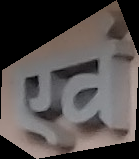
एवं